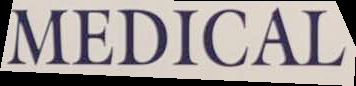
MEDICAL